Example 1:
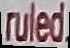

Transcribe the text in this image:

ruled.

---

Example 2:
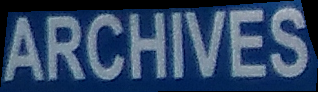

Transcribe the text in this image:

ARCHIVES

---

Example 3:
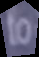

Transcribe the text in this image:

to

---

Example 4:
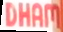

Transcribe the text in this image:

DHAM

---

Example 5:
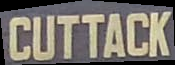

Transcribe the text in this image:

CUTTACK